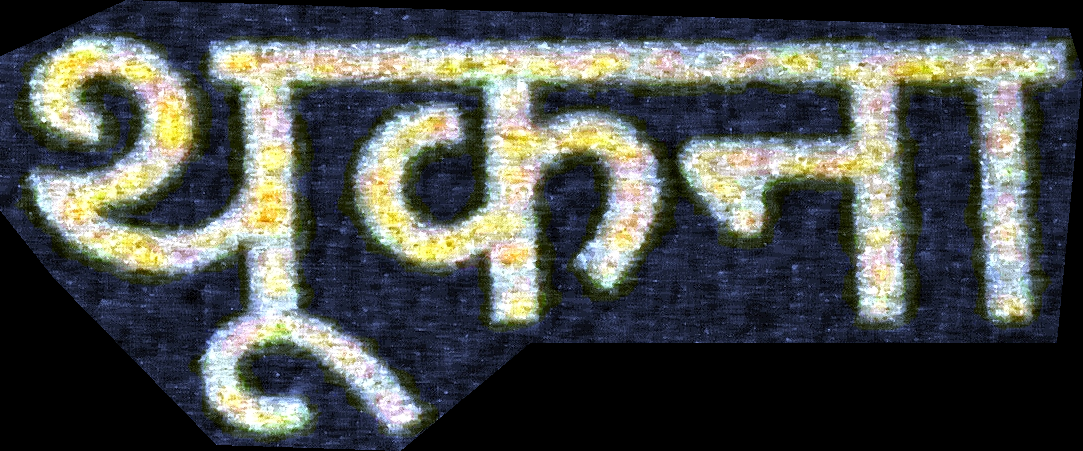
थूकना